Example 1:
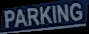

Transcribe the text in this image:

PARKING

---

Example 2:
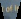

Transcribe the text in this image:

of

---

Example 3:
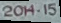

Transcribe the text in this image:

2014-15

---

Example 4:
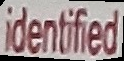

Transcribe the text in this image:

identified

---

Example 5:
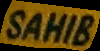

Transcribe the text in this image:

SAHIB